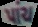
પાચ